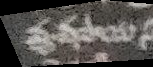
వ్యవసాయ